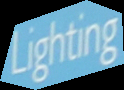
Lighting